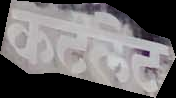
कटलेंट